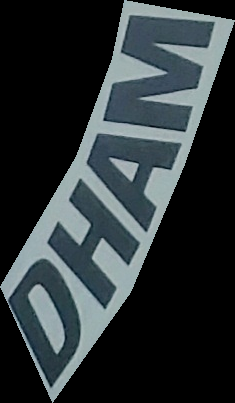
DHAM